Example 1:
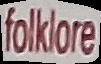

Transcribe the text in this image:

folklore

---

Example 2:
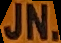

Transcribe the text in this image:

JN.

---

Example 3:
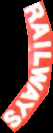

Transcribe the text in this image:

RAILWAYS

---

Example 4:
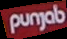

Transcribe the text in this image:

punjab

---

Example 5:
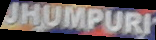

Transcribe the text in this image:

JHUMPURI